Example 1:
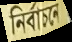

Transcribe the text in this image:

নির্বাচনে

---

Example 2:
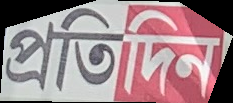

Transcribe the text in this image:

প্রতিদিন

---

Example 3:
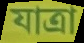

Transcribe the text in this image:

যাত্রা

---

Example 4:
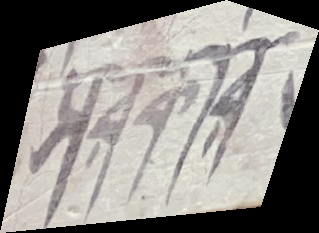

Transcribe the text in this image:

সরকার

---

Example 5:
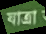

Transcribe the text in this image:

যাত্রা